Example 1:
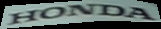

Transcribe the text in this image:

HONDA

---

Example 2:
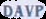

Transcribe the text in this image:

DAVP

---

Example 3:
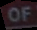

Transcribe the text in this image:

OF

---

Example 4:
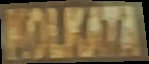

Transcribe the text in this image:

KOLKATA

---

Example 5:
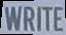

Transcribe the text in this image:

WRITE